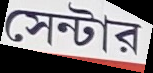
সেন্টার